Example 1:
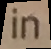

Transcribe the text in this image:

in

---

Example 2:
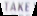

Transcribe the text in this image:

TAKE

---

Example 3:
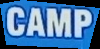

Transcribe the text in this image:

CAMP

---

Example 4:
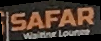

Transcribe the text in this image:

SAFAR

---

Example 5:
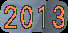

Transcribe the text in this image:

2013